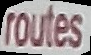
routes